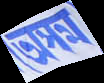
অসম